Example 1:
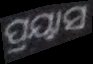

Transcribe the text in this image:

ପ୍ରୟାସ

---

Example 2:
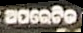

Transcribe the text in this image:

ଅପରେଟିକ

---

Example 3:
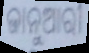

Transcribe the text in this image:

ଜାନୁଆରୀ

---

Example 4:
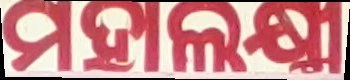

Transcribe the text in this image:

ମହାଲକ୍ଷ୍ମୀ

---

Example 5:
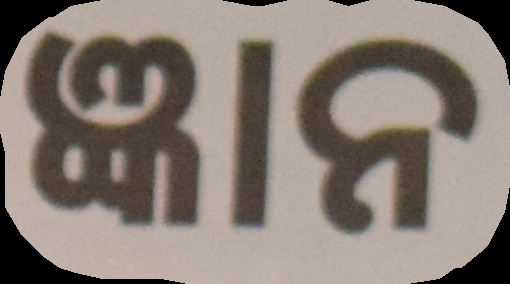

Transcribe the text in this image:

ଜ୍ଞାନ